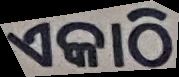
ଏକାଠି